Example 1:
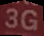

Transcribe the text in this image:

3G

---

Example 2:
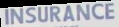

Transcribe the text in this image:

INSURANCE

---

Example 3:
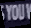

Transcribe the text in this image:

YOU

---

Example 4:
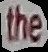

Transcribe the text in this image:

the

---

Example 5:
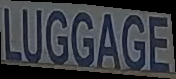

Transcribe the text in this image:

LUGGAGE